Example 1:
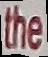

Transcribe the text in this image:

the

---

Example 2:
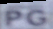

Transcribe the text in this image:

PG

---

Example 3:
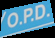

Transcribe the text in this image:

O.P.D.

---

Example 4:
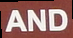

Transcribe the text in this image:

AND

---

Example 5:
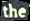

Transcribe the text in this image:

the